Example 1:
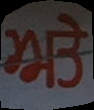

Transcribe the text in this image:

ਅਡੇ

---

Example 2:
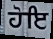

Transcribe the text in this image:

ਹੋਇ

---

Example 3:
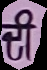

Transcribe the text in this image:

ਦੀ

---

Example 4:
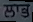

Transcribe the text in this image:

ਲਾਭ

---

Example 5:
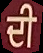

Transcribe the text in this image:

ਦੀ